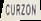
CURZON